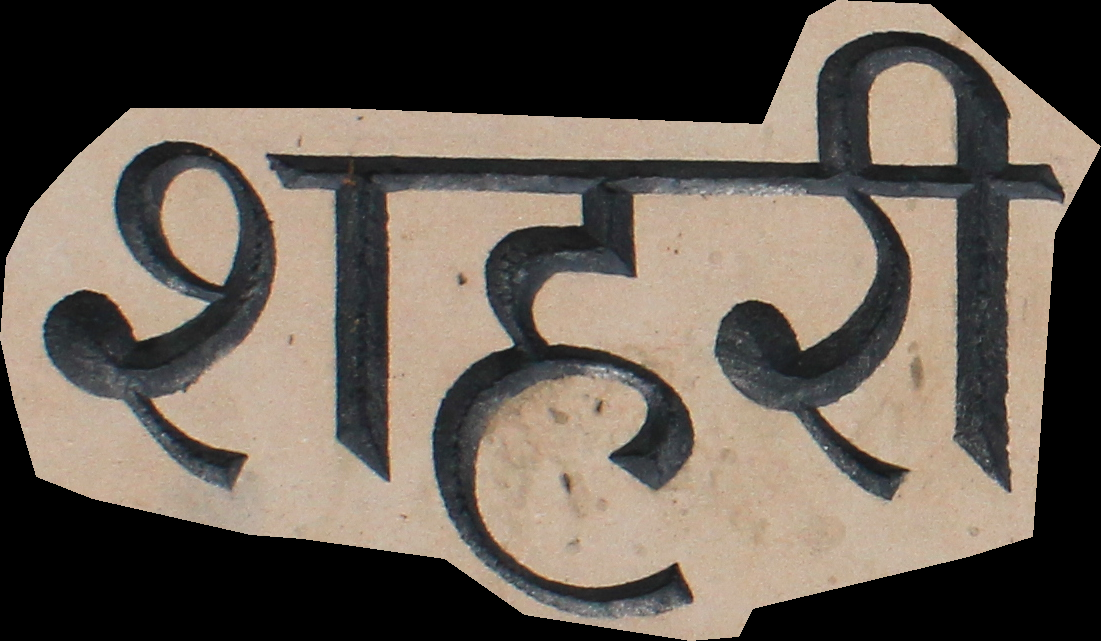
शहरी